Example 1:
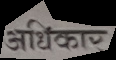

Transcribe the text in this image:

अधिकार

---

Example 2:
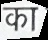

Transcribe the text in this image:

का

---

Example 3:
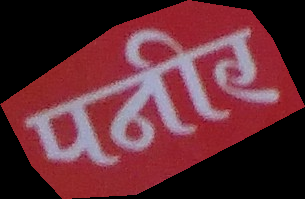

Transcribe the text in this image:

पनीर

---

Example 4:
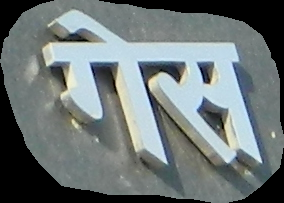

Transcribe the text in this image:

गेस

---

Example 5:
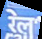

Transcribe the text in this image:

रेल